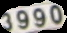
3990